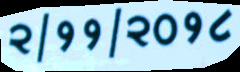
२/११/२०१८